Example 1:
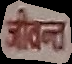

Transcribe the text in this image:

जीवन्त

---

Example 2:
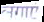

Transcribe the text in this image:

लगाएं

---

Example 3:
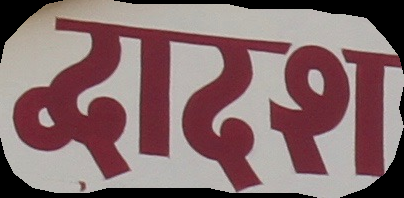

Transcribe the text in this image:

द्वादश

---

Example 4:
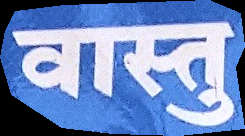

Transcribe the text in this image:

वास्तु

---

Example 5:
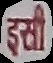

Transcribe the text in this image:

इसीं